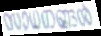
സാധനങ്ങൾ